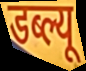
डब्ल्यू